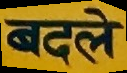
बदले